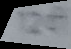
12 वी